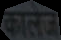
कालेज